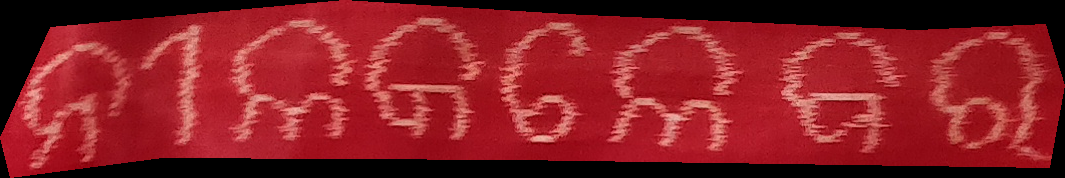
ନୀଳକଳେବର